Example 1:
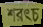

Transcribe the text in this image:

শরৎচ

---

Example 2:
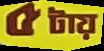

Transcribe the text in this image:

৫টায়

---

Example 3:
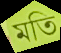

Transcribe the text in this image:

মতি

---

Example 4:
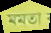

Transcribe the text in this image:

মমতা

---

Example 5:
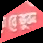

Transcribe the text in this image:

রে ভুবন